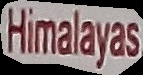
Himalayas